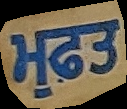
ਮਫ਼ਤ